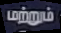
மற்றும்